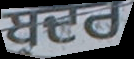
ਬਦਰ